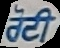
ਰੋਈ